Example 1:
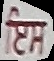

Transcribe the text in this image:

ਇਸ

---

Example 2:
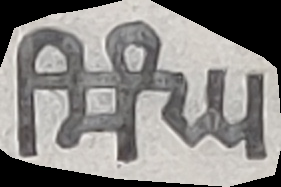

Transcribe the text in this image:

ਸਿੰਘ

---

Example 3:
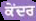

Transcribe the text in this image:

ਕੇਂਦਰ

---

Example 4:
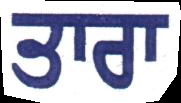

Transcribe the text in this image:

ਤਾਰਾ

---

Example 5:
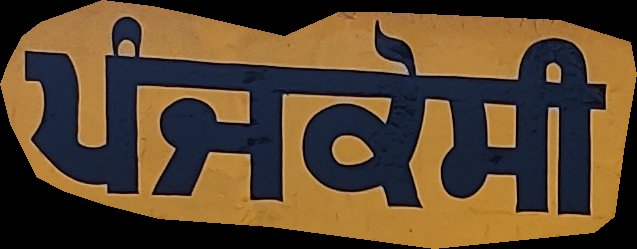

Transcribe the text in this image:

ਪੰਜਕੇਸੀ